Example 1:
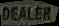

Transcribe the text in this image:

DEALER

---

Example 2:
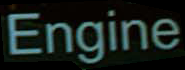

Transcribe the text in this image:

Engine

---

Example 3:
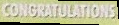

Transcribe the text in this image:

CONGRATULATIONS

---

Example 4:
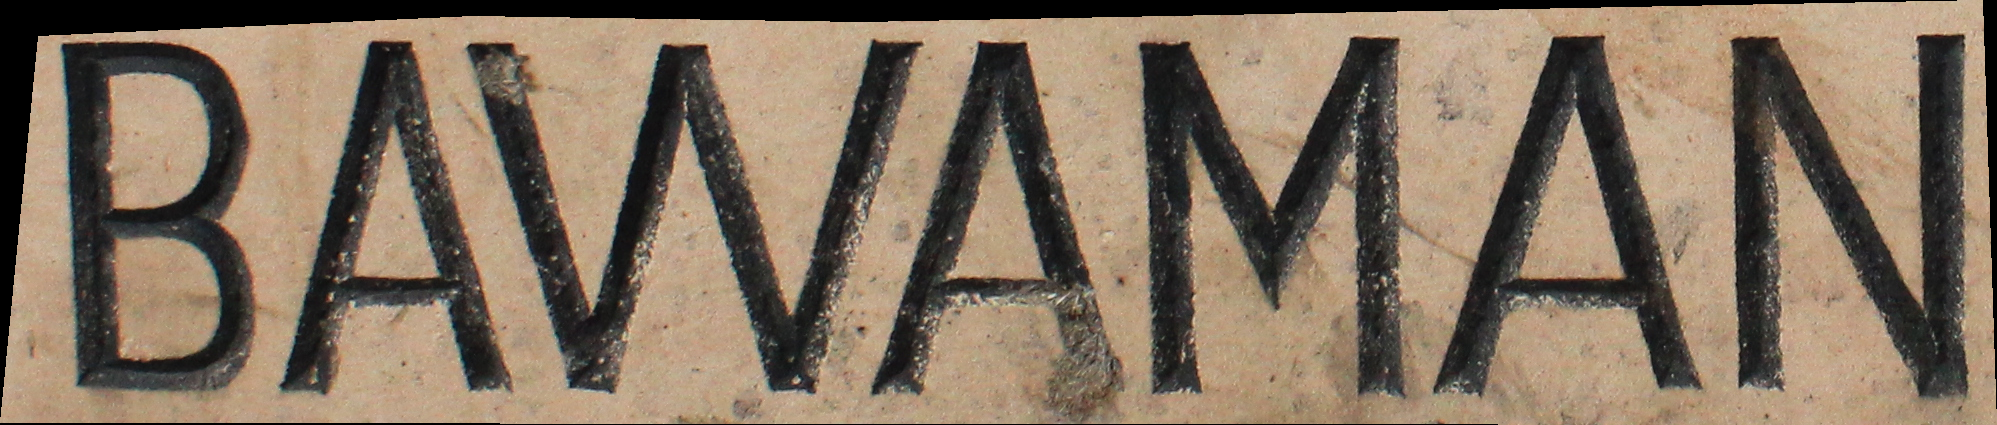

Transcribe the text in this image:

BAWAMAN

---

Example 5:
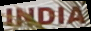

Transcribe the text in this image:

INDIA